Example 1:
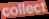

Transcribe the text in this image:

collect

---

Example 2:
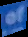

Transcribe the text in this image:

of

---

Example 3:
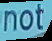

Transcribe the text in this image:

not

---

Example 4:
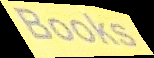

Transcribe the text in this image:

Books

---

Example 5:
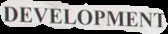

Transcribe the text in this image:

DEVELOPMENT